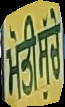
ਮੇਤੀਸੁੱਰੇ